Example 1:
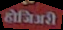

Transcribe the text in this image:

होजिअरी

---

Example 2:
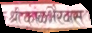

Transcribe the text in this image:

श्रीकाळभैरवास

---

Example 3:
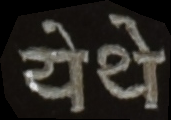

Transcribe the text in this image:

येथे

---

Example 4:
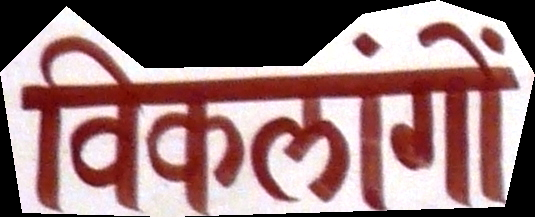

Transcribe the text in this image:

विकलांगों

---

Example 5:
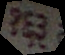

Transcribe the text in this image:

१६३